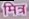
मित्र